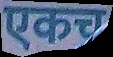
एकच